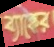
ব্যাকের